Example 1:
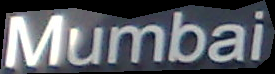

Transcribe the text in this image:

Mumbai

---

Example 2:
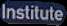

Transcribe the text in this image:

Institute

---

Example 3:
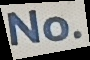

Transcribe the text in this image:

No.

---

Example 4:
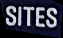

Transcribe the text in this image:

SITES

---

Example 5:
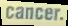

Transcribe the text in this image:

cancer.